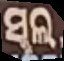
ସ୍କୁଲ,